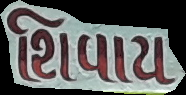
શિવાય